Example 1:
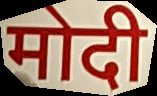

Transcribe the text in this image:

मोदी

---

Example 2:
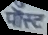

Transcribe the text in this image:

पोस्ट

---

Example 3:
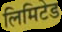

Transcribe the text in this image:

लिमिटेड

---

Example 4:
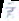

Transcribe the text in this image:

है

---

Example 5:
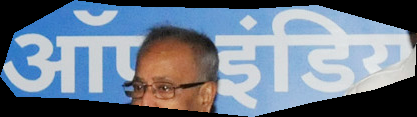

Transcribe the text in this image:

ऑ इंडि